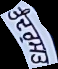
ਤੰਦਰੁਸਤ